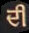
ਦੀ